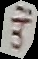
ਤੇਂ